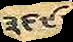
੩੬੯